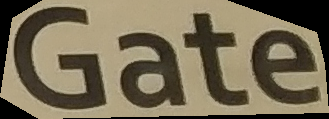
Gate